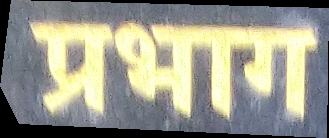
प्रभाग